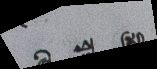
জে ম্ বৃহ শ্রীপু